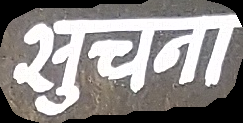
सुचना